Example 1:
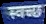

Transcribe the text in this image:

स्वच्छ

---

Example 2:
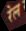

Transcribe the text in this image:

रेल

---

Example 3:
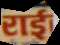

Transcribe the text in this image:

राई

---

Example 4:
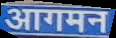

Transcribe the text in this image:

आगमन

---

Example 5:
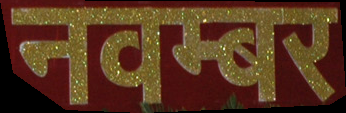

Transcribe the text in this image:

नवम्बर